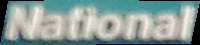
National